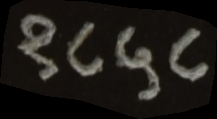
१८५८